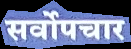
सर्वोपचार